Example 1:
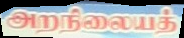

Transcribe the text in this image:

அறநிலையத்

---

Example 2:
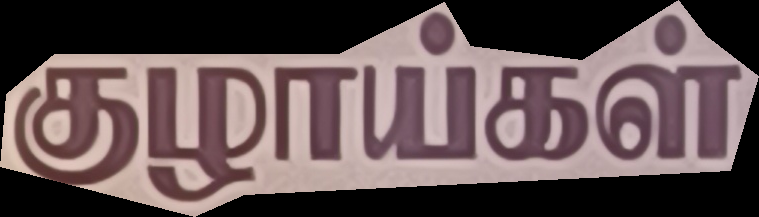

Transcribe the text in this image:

குழாய்கள்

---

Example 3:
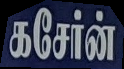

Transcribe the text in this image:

கசோ்ன்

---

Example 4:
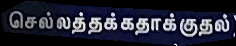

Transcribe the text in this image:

செல்லத்தக்கதாக்குதல்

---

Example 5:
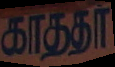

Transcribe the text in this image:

காத்தா்